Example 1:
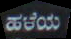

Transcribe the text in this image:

ಹಳೆಯ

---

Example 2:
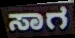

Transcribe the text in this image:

ಸಾಗ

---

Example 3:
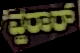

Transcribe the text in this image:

ವ್ಹರಾರ್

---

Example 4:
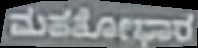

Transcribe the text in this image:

ಮಹತೋಭಾರ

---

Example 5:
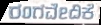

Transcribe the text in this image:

ರಂಗವೇದಿಕೆ